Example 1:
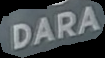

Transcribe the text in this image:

DARA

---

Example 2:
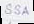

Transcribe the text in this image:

SSA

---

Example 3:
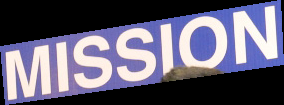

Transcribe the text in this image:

MISSION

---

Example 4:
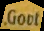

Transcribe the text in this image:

Govt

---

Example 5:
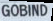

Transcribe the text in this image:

GOBIND